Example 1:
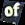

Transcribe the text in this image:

of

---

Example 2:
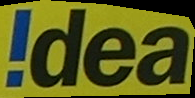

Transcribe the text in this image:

!dea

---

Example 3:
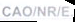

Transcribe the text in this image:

CAO/NR/E.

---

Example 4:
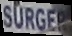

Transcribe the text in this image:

SURGER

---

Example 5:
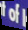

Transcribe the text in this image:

of